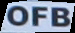
OFB